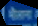
मौलाना